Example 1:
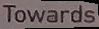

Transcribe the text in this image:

Towards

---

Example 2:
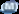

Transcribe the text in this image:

(M)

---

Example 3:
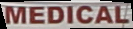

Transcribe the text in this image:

MEDICAL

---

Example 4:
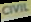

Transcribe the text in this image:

CIVIL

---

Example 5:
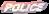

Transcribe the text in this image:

POLICE